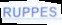
RUPPES